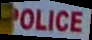
OLICE